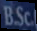
B.Sc.